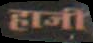
हाजी